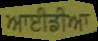
ਆਈਡੀਆ